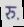
रु.